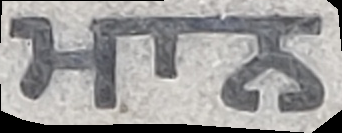
ਮਾਨ